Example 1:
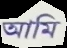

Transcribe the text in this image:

আমি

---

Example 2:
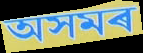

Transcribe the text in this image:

অসমৰ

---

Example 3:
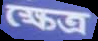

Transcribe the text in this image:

ক্ষেত্ৰ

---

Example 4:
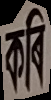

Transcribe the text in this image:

কৰি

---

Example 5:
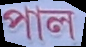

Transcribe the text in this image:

পাল